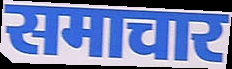
समाचार